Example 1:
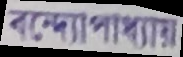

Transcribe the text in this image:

বন্দ্যোপাধ্যায়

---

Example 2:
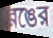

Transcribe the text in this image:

রঙের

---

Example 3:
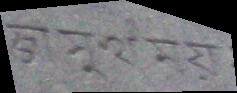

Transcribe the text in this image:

জাসুখময়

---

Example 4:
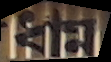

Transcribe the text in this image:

ধীম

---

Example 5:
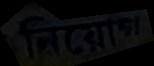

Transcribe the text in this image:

নিয়োগ